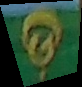
ଡ଼